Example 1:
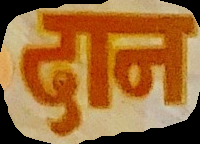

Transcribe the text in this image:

दान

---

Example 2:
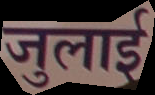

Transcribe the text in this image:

जुलाई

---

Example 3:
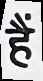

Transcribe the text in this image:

हैं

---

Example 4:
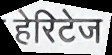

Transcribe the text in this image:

हेरिटेज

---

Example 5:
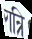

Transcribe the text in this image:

रात्रि